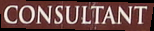
CONSULTANT